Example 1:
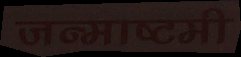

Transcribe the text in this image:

जन्माष्टमी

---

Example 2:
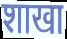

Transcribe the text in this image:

शाखा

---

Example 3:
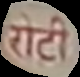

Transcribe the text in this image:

रोटी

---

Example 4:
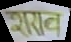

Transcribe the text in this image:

शराब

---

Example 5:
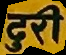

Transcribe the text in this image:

दुरी